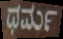
ಧರ್ಮ